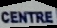
CENTRE